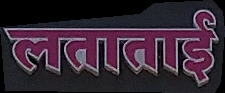
लताताई